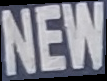
NEW